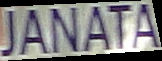
JANATA